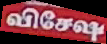
விசேஷ